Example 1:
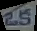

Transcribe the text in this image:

ఒక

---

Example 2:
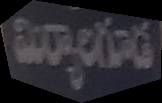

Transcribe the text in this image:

మిర్యాలగూడ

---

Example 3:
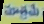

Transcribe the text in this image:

మాత్రమే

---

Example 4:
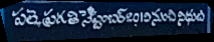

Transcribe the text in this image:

పలె, ప్రగతి సెప్టెంబర్ 2019 నుంచి విధుది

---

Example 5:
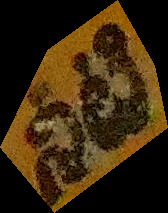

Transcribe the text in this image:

నీటి